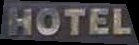
HOTEL